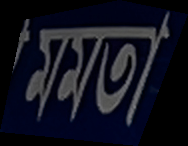
মমতা